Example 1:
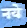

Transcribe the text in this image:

नये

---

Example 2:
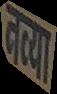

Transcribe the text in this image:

नव्या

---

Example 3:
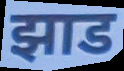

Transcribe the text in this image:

झाड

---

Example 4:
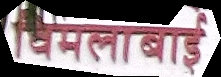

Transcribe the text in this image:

विमलाबाई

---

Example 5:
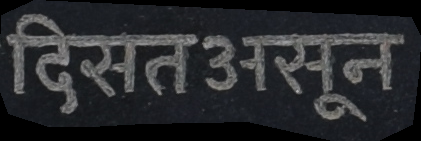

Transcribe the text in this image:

दिसतअसून